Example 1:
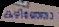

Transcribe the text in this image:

കഴിഞ്ഞോ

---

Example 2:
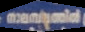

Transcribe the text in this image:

നാലമ്പലത്തിൽ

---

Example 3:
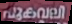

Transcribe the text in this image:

പുകവലി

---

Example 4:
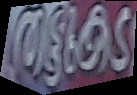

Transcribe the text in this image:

ആകട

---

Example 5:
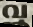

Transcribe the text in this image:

വ